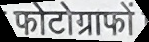
फोटोग्राफों